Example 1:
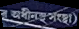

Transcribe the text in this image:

অধীনস্থ সংস্থা)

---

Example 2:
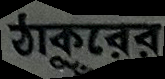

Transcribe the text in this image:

ঠাকুরের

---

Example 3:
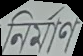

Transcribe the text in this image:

নির্মাণ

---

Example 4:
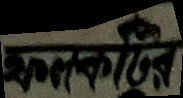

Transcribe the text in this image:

ফলকটির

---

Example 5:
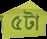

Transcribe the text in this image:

৫টা